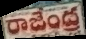
రాజేంద్ర